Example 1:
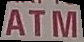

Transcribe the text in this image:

ATM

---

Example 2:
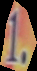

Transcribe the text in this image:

1.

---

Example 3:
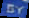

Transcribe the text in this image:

BY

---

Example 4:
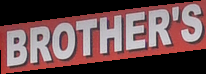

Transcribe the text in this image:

BROTHER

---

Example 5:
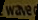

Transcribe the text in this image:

wave